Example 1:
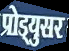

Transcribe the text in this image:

प्रोड्युसर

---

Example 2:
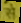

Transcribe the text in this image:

से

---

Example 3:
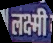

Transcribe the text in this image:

लक्ष्मी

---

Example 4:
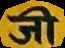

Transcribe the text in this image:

जी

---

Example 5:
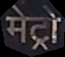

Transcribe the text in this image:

मेट्रो